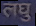
लघु